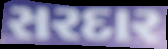
સરદાર